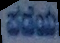
ಪಡೆಯ